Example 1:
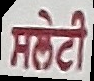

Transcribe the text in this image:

ਸਲੇਟੀ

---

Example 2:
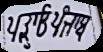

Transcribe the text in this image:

ਪੜ੍ਹਾਓ ਪੰਜਾਬ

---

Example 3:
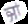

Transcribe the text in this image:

ਜਾਂ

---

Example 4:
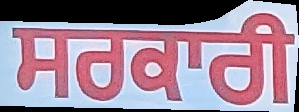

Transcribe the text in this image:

ਸਰਕਾਰੀ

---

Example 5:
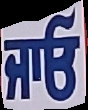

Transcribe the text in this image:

ਜਾਓ